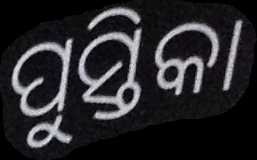
ପୁସ୍ତିକା